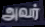
அவர்